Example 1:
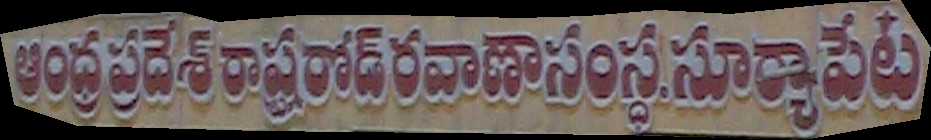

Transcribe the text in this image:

ఆంధ్ర ప్రదేశ్ రాష్ట్ర రోడ్ రవాణా సంస్థ, సూర్యాపేట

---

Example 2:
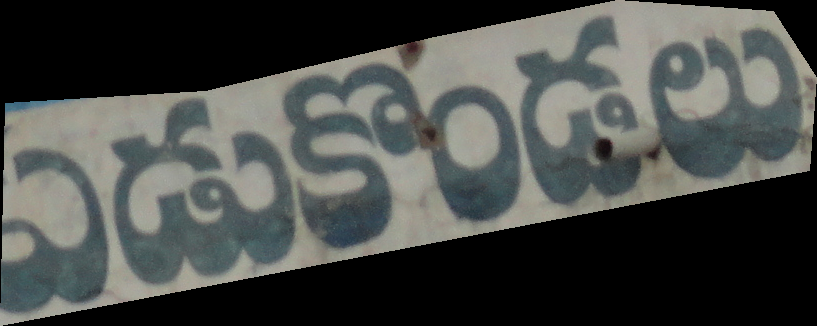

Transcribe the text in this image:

ఎడుకొండలు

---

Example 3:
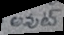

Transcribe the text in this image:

అవుట్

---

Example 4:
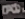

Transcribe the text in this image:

గామ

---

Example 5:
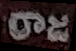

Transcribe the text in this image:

రాజ